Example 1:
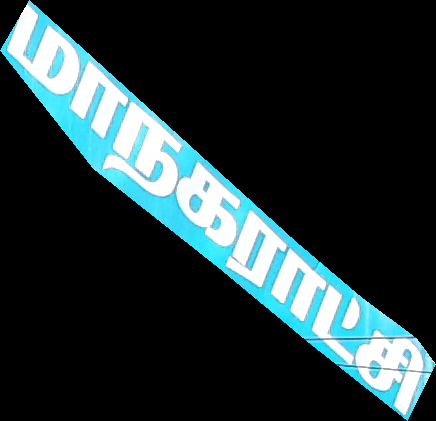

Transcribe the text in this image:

மாநகராட்சி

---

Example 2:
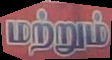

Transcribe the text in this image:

மற்றும்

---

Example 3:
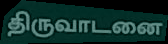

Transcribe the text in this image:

திருவாடனை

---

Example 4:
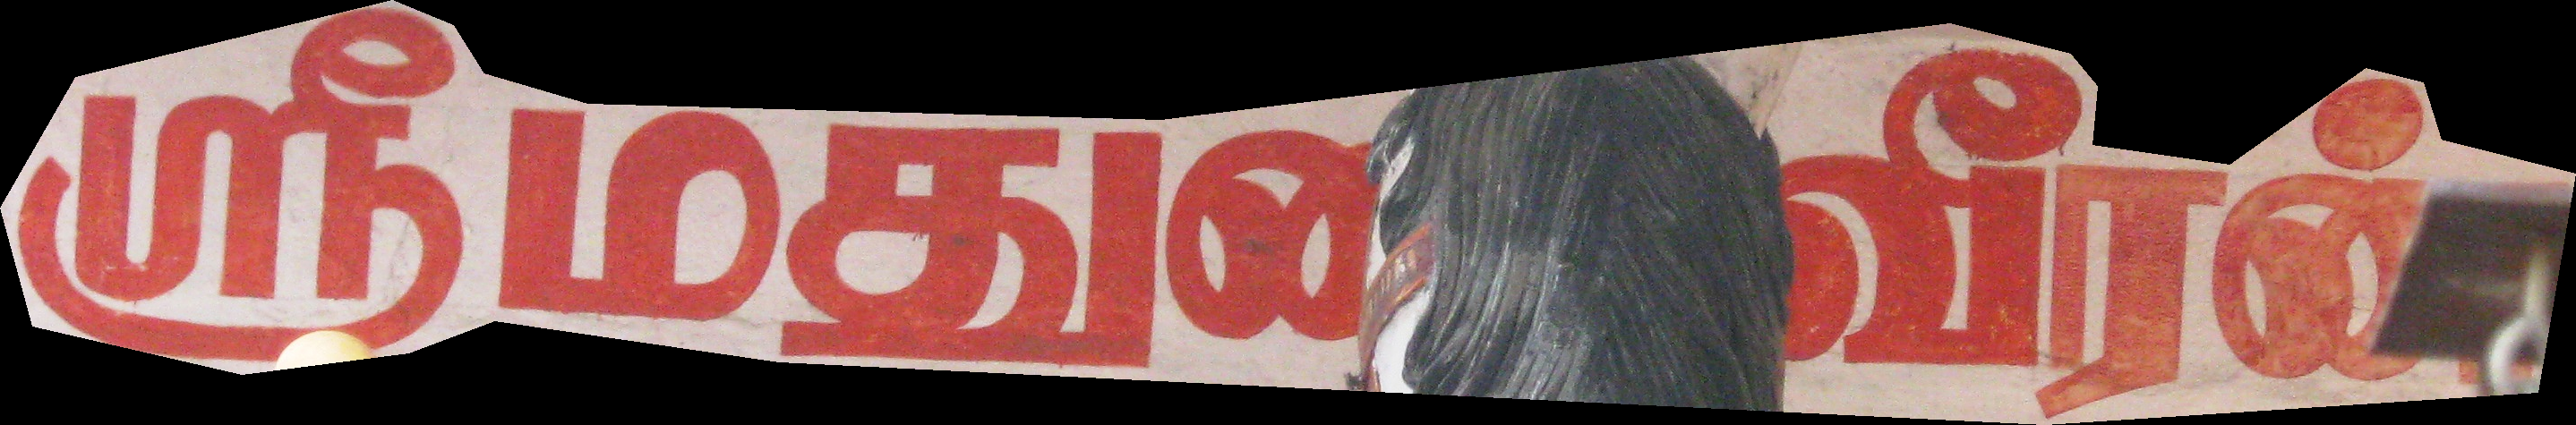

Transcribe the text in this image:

ஸ்ரீமதுரைவீரன்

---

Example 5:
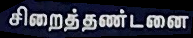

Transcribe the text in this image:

சிறைத்தண்டனை